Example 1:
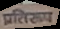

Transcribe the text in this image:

प्रतिरूप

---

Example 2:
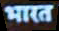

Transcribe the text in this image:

भारत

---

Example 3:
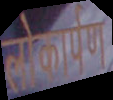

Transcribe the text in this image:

लोकार्पण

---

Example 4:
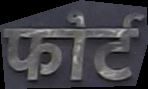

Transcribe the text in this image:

फोर्ट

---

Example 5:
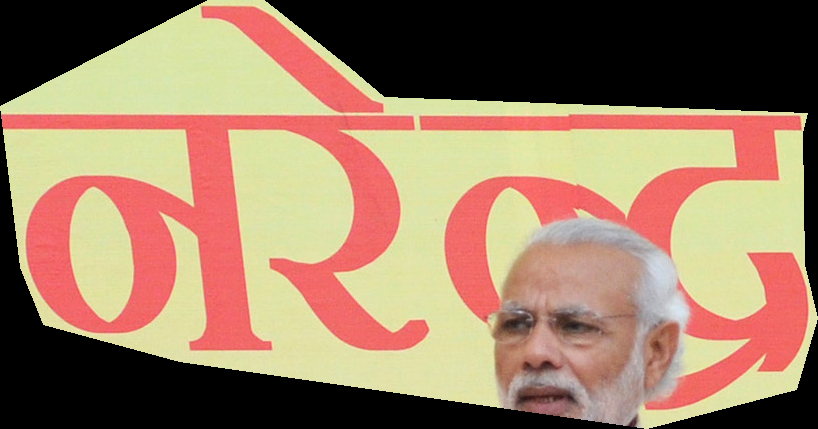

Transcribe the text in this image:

नरेन्द्र